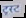
ट्रस्ट